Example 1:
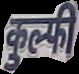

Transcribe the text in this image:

कुल्फी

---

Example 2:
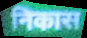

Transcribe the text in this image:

निकास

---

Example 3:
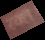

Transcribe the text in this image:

रक्ते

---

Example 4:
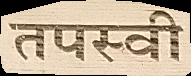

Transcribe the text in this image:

तपस्वी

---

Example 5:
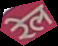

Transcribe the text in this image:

रेल